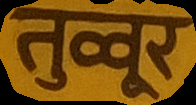
तुव्वूर